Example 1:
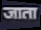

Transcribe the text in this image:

जाता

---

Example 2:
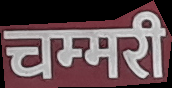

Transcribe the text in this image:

चम्मरी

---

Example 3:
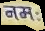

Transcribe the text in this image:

नमः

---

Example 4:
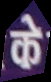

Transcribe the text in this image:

के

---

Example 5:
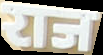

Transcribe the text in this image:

राज